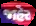
જાહેર